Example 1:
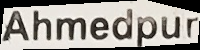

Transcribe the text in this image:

Ahmedpur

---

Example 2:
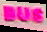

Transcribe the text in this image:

BUS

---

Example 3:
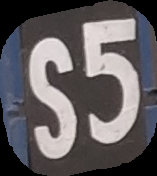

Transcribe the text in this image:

S5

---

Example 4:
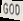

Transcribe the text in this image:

GOD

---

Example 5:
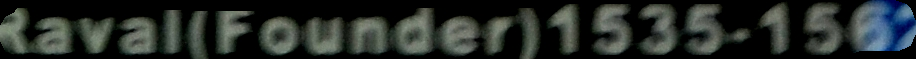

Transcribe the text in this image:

Raval (Founder) 1535-1562